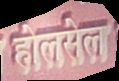
होलसेल